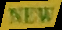
NEW